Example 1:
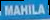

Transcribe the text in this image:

MAHILA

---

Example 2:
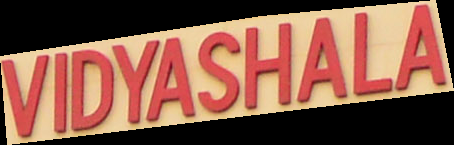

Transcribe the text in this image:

VIDYASHALA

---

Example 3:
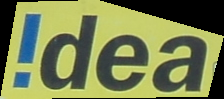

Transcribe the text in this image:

!dea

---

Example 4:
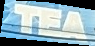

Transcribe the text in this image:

TEA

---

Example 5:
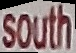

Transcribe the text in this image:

south